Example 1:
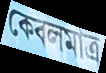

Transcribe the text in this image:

কেবলমাত্র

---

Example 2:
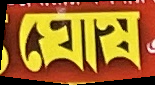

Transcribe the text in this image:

ঘোষ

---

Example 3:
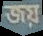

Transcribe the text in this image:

চায়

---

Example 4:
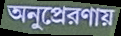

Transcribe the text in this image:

অনুপ্রেরণায়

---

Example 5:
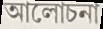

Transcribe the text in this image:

আলোচনা